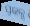
ପ୍ରକଳ୍ପ